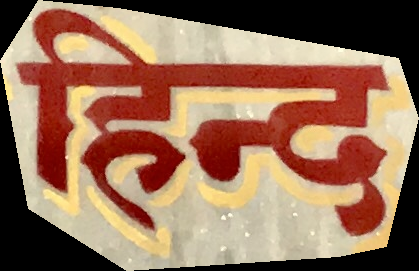
हिन्द